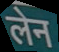
लेन